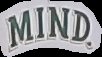
MIND.